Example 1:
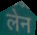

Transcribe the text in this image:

लेन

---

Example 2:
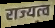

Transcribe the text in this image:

राज्यत्व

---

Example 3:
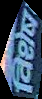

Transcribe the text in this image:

विशेष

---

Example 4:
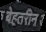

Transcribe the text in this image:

बेहतरीन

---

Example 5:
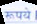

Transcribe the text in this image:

रूपये।